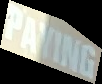
PAVING